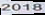
2018